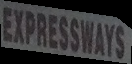
EXPRESSWAYS